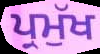
ਪ੍ਰਮੁੱਖ